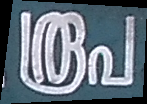
രൂപ